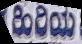
ಹಿರಿಯ